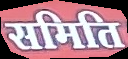
समिति